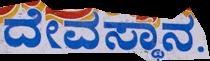
ದೇವಸ್ಥಾನ.